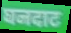
घनदाट